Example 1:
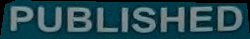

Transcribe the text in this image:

PUBLISHED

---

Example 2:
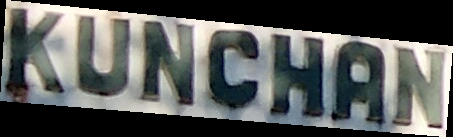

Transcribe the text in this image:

KUNCHAN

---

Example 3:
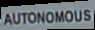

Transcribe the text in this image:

AUTONOMOUS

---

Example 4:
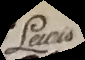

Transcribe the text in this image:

Levis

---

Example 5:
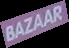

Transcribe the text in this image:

BAZAAR